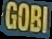
GOBI